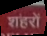
शहरों